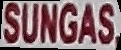
SUNGAS.